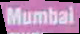
Mumbai